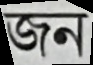
জন